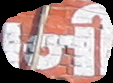
ની